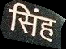
सिंह